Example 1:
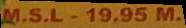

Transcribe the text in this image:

M.S.L-19.95M.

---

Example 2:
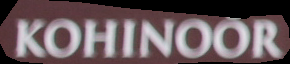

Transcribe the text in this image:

KOHINOOR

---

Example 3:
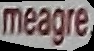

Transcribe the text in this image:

meagre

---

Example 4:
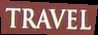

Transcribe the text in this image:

TRAVEL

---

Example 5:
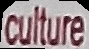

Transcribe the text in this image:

culture